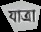
যাত্রা